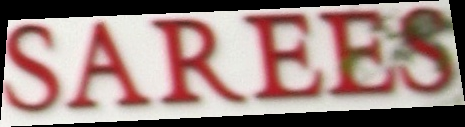
SAREES